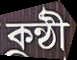
কন্ঠী